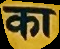
का